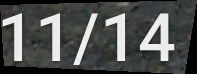
11/14